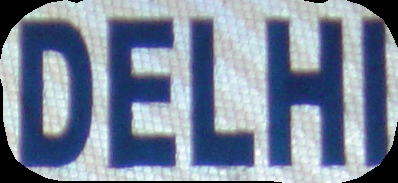
DELHI